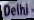
Delhi-